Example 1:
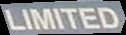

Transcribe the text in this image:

LIMITED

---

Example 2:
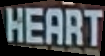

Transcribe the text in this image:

HEART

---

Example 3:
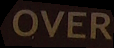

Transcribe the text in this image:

OVER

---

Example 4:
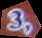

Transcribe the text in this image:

3,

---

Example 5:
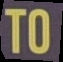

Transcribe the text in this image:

TO